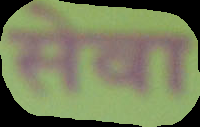
सेवा